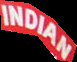
INDIAN